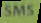
SMS